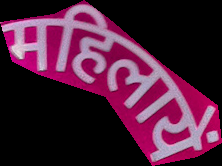
महिलायें